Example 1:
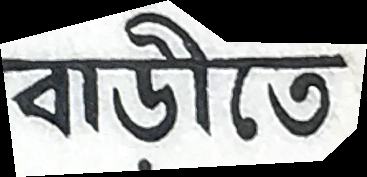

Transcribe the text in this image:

ঝড়ীতে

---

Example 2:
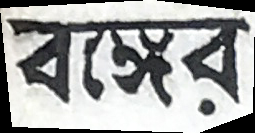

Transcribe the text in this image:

বঙ্গের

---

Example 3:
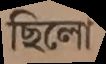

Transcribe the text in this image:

ছিলো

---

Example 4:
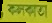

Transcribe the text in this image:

কলকাতা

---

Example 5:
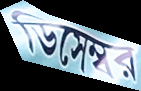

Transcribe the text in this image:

ডিসেম্বর